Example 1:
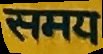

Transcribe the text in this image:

समय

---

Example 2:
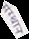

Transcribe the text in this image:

संस्थान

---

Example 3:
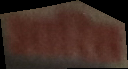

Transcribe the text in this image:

शक्ति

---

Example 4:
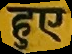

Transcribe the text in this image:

हुए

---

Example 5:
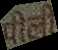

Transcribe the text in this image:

पीली